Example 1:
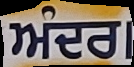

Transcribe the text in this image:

ਅੰਦਰ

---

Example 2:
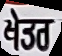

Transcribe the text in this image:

ਖੇਤਰ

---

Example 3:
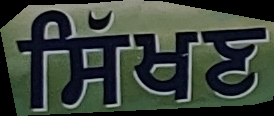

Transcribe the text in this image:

ਸਿੱਖਣ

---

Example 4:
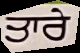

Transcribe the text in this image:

ਤਾਰੇ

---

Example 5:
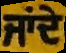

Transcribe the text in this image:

ਜਾਦੇ